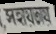
সহায়তায়